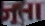
નતા